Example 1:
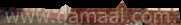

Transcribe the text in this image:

www.damaal.com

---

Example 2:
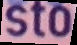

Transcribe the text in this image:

sto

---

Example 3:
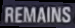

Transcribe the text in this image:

REMAINS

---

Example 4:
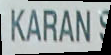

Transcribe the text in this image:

KARAN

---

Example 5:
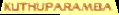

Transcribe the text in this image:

KUTHUPARAMBA